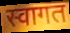
स्वागत